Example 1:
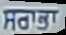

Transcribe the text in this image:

ਸਰਾਭਾ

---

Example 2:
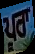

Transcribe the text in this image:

ਪੂਰਾ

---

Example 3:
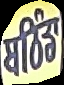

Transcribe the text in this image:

ਬਠਿੰਡਾ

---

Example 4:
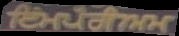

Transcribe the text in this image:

ਇੰਮਪੈਰੀਅਮ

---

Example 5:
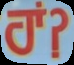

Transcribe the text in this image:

ਹਾਂ?